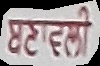
ਬਣਾਵਲੀ